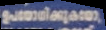
ഉപയോഗിക്കുകയോ